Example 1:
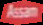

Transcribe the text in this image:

Assam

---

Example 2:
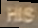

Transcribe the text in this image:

HIS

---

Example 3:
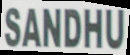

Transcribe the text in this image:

SANDHU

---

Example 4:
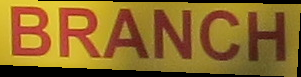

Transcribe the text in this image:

BRANCH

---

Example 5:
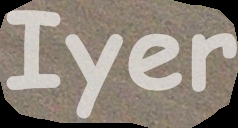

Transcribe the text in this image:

Iyer